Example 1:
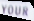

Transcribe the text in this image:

YOUR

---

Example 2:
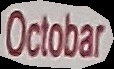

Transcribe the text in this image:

Octobar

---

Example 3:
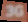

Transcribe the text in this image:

3G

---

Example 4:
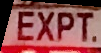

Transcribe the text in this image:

EXPT.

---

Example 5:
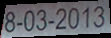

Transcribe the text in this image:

8-03-2013